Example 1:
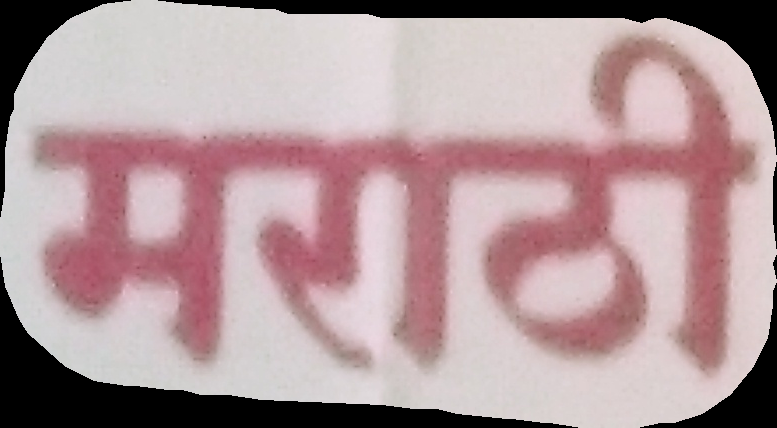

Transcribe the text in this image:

मराठी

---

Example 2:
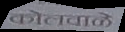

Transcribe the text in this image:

कोलवाळे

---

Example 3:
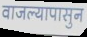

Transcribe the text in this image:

वाजल्यापासुन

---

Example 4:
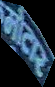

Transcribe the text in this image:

मोटार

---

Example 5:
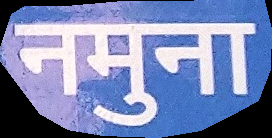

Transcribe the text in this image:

नमुना